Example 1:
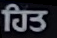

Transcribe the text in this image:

ਹਿਤ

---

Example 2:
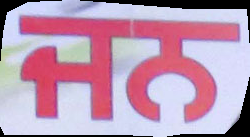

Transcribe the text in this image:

ਜਨ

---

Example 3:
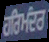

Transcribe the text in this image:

ਹਰਿਮਂਦਰ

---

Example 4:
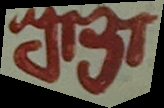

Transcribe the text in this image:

ਹਾਤਾ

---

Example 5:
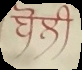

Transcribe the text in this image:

ਬੇ